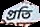
প্ৰতি